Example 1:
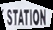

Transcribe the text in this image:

STATION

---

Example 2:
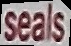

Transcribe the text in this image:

seals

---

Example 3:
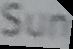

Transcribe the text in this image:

Sun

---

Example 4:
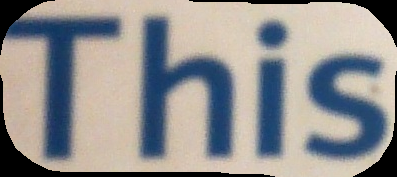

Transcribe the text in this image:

This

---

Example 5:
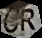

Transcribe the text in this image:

CR